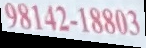
98142-18803